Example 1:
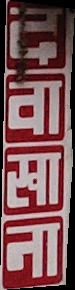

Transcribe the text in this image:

दवाखाना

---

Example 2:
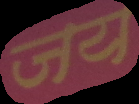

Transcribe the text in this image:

जय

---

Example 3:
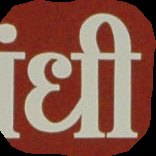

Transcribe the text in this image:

धी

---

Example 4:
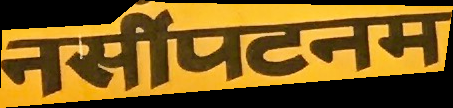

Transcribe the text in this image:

नर्सीपटनम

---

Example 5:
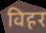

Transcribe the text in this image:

विहर